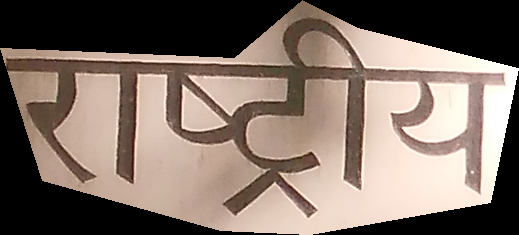
राष्ट्रीय